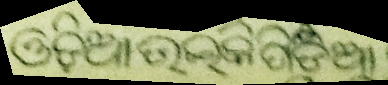
ଓଡ଼ିଆଉଇକିପିଡ଼ିଆ